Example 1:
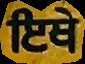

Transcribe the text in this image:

ਇਥੇ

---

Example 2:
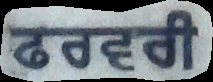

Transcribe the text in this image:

ਫਰਵਰੀ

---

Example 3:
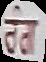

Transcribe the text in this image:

ਰੰਗ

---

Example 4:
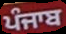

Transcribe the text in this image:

ਪੰਜਾਬ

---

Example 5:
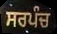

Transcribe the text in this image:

ਸਰਪੰਚ